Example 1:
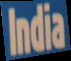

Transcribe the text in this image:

India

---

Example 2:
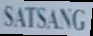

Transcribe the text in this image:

SATSANG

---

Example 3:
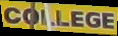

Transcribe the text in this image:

COLLEGE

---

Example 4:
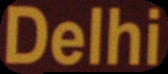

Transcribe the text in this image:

Delhi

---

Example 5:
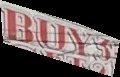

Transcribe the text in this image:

BUY3